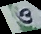
ও